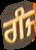
ਗੰਜ